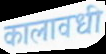
कालावधी